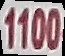
1100